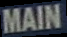
MAIN